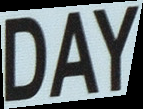
DAY